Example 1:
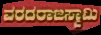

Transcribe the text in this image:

ವರದರಾಜಸ್ವಾಟು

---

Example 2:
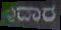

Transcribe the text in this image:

೪ದಾರ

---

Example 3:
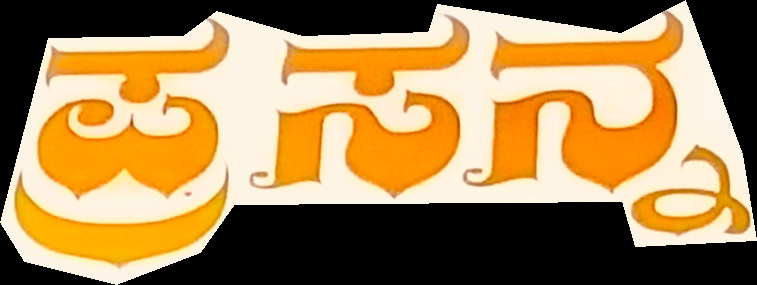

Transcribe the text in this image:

ಪ್ರಸನ್ನ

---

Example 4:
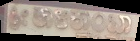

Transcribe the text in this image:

ಶ್ರೀ ಕಾಳಿಕಾಂಬಾ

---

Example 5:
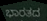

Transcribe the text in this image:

ಭಾರತದ